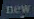
new